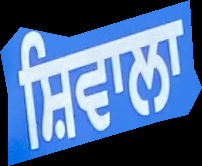
ਸ਼ਿਵਾਲਾ